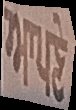
ਆਪਣੇ